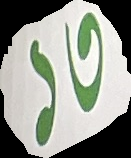
১৩